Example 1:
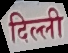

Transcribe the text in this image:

दिल्ली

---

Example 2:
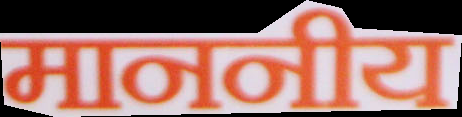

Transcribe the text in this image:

माननीय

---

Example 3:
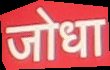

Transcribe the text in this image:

जोधा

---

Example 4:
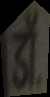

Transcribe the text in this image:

डॉ.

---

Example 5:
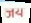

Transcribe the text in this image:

जय